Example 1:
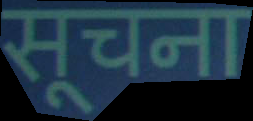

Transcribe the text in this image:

सूचना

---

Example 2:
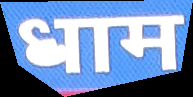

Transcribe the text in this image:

धाम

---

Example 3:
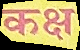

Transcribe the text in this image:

कक्ष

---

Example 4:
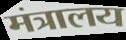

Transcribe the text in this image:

मंत्रालय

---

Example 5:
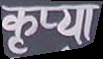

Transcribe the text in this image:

कृप्या